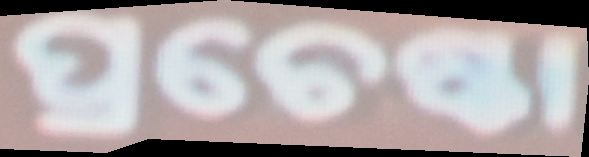
ପ୍ରଚେଷ୍ଟା